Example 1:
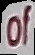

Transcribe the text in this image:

of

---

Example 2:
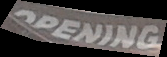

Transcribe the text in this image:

OPENING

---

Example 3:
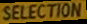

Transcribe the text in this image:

SELECTION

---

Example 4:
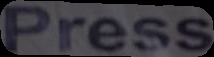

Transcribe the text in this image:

Press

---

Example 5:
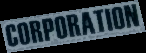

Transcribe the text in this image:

CORPORATION